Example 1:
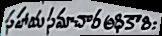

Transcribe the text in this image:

సహాయ సమాచార అధికారి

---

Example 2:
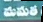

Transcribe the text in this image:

మమత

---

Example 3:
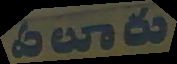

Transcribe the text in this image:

పలూరు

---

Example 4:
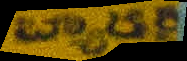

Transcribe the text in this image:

బ్యార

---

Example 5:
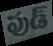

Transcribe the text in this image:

ఫుడ్